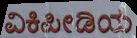
ವಿಕಿಪೀಡಿಯ